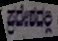
ಪ್ರದೇಶದಲ್ಲ